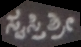
ಸ್ವಸ್ತಿಶ್ರೀ